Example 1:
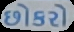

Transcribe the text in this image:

છોકરો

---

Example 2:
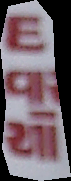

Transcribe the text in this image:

દવાઓ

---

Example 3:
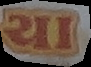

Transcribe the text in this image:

ચા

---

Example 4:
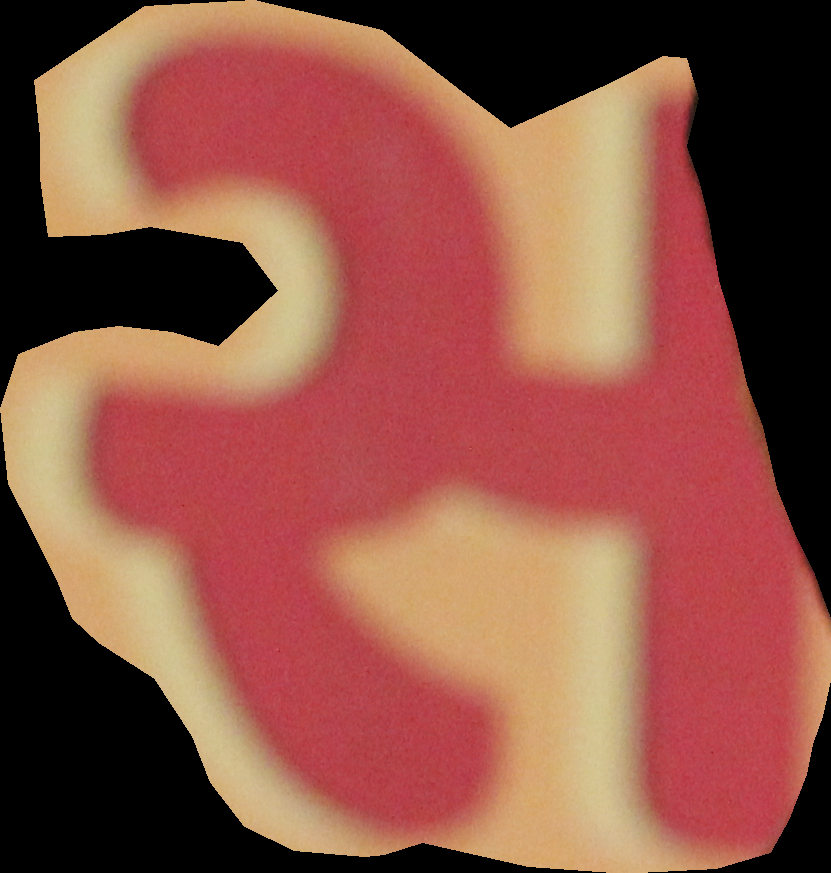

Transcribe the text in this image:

સ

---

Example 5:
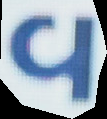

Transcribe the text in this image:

વ